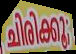
ചിരിക്കു.